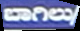
ಬಾಗಿಲು